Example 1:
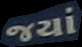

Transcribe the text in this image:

જયાં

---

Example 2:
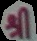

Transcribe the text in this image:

શ્રી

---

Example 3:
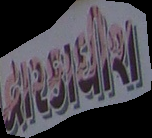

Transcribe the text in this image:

દ્વારકાધીશ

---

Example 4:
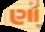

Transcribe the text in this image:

ણા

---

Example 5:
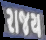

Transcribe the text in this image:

રાજય